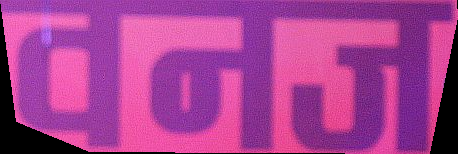
वनज